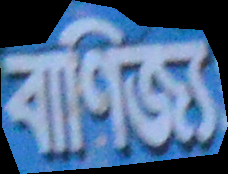
বাণিজ্য